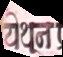
येथून